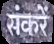
संकरें